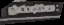
ప్రారంభరణ